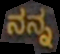
ನನ್ನ